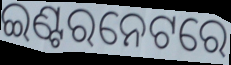
ଇଣ୍ଟରନେଟରେ